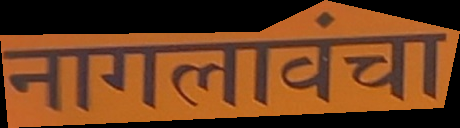
नागलावंचा